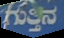
ಗುತ್ತನ